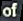
of